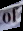
of